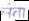
लेना